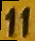
11